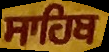
ਸਾਹਿਬ